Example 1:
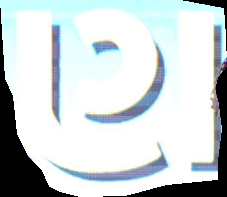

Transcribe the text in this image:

ણ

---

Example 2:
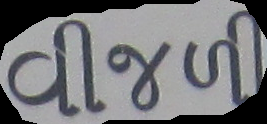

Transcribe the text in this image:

વીજળી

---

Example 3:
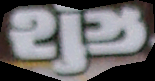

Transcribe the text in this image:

શુઝ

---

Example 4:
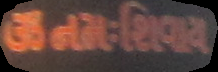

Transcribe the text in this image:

ૐ નમઃશિવાય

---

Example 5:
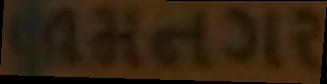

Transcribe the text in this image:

જામનગર